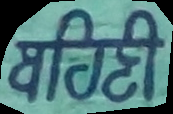
ਬਹਿਈ